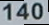
140